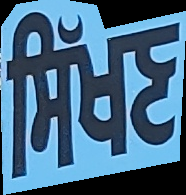
ਸਿੱਖਣ